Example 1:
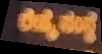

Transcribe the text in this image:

ದೇಜೈನಂನ್ಹ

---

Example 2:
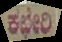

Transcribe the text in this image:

ಕಛೇರಿ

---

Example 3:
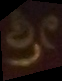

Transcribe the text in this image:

ಶ್ರೀ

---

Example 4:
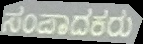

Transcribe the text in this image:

ಸಂಪಾದಕರು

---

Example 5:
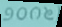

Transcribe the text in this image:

೨೦೧೬